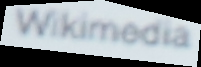
Wikimedia